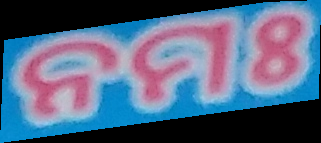
ନମ8